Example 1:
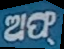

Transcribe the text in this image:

ଅଫ୍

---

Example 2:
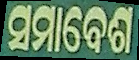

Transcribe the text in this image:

ସମାବେଶ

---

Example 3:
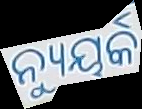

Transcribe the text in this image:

ନ୍ଯୁୟର୍କ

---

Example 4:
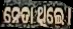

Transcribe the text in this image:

ନେତା ଥିଲେ ।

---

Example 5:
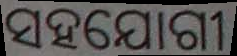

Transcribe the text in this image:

ସହ‌ଯୋଗୀ